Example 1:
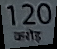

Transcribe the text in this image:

120 करोड़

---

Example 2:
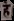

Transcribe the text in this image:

है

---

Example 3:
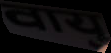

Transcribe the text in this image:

वायु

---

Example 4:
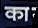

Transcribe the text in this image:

का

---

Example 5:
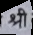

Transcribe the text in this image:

श्री